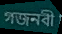
গজনবী